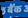
बँक